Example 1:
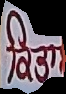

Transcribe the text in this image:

ਕਿਤਾ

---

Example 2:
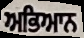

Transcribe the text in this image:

ਅਭਿਆਨ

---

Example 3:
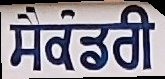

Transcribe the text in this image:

ਸਕੰਡਰੀ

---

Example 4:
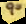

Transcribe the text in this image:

੧੦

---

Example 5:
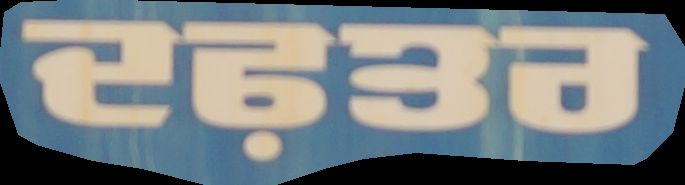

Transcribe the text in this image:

ਦਫ਼ਤਰ